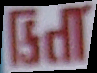
કિર્તી